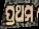
ପ୍ରଥମ